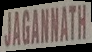
JAGANNATH